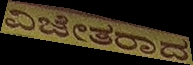
ವಿಜೇತರಾದ